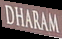
DHARAM